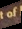
of